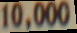
10,000